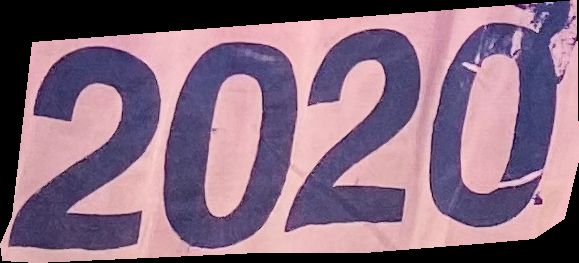
2020